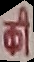
की